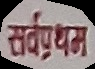
सर्वप्रथम